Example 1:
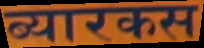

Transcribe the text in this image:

ब्यारकस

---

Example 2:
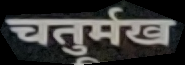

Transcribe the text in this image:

चतुर्मख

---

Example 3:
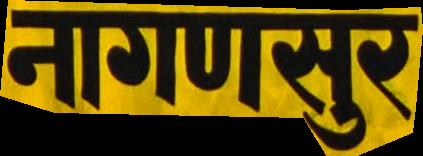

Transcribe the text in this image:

नागणसुर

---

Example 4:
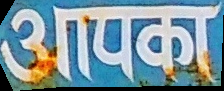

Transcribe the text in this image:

आपका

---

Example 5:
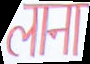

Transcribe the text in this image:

लाना